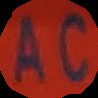
AC